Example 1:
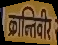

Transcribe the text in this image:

क्रान्तिवीर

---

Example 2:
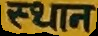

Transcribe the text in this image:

स्थान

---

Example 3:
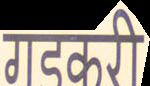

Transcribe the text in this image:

गडकरी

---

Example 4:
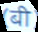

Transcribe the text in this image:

बी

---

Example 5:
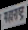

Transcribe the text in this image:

महाराष्ट्र